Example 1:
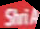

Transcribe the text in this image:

ShriA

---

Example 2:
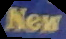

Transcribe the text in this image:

New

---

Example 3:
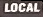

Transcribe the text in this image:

LOCAL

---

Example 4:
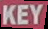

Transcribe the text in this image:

KEY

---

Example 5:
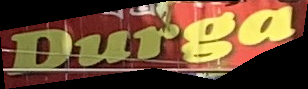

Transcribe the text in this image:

Durga